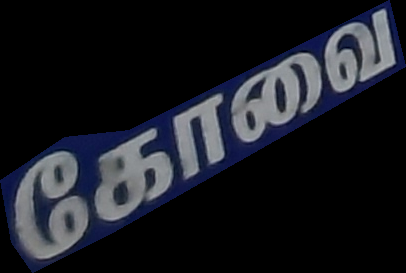
கோவை